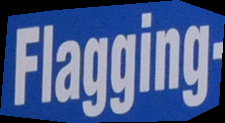
Flagging-